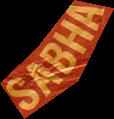
SABHA